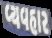
વ્યવહાર